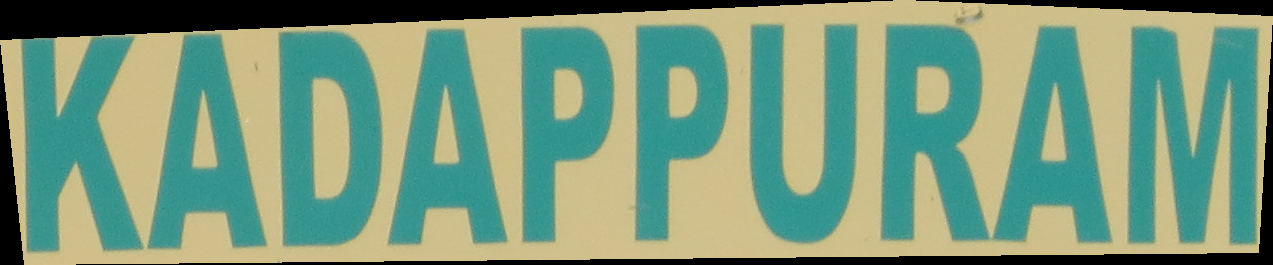
KADAPPURAM